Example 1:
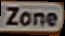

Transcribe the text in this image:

Zone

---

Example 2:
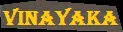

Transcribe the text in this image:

VINAYAKA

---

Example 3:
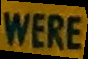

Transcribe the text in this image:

WERE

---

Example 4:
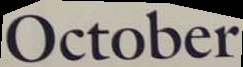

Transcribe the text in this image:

October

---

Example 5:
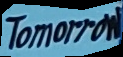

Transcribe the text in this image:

Tomorrow